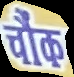
चौंक